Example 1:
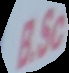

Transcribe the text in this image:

B.Sc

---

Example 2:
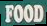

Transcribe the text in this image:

FOOD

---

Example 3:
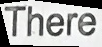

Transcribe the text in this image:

There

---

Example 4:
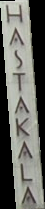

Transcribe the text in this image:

HASTAKALA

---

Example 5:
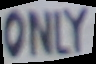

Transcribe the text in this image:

ONLY